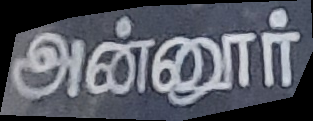
அன்னூா்